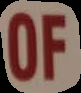
OF